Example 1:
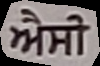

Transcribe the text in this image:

ਐਸੀ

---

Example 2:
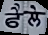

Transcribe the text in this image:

ਫੇਲੇ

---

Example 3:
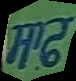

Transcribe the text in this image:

ਸਾਫ਼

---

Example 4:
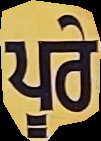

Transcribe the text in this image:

ਪੂਰੇ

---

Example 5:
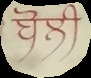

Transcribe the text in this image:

ਬੋਲੀ